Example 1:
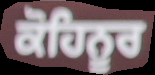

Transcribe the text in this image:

ਕੋਹਿਨੂਰ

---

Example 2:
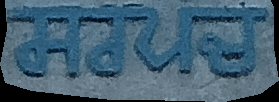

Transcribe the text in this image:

ਸਰਪਚ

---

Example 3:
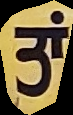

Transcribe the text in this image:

ਤਾਂ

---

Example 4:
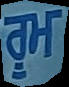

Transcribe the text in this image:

ਰੂਮ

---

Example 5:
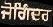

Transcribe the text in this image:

ਜੋਗਿੰਦਰ